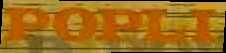
POPLI